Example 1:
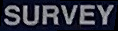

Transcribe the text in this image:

SURVEY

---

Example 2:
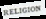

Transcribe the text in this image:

RELIGION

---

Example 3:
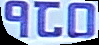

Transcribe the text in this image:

9CO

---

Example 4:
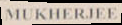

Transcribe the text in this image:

MUKHERJEE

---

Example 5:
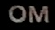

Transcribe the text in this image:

OM